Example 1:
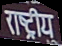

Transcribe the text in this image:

राष्ट्रीय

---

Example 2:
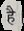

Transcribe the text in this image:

है।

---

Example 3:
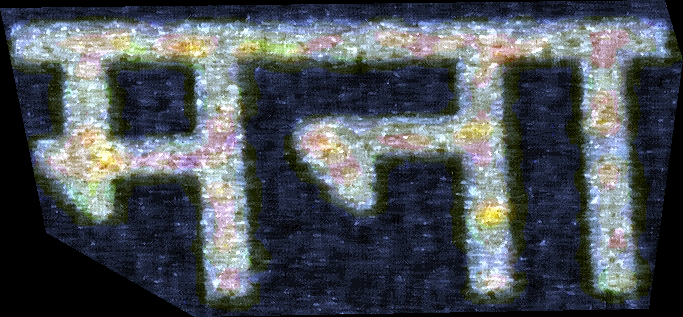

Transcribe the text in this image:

मना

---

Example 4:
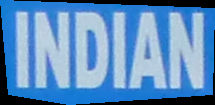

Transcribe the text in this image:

॥११०१३३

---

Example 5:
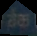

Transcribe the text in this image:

बैंक